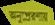
অনুপ্রেরণায়